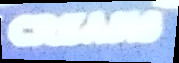
CREAMS